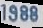
1988